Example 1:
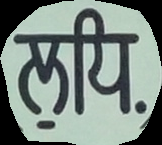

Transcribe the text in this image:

ਲੁਧਿ.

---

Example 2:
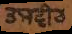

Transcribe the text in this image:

ਤਸਵੀਰ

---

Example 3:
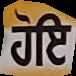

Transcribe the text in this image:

ਹੋਇ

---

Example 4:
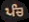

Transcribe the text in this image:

ਪੰਚ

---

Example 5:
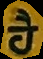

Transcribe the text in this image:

ਹੈ